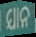
ଯାନ